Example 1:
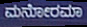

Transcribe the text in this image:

ಮನೋರಮಾ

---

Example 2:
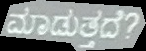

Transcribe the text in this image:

ಮಾಡುತ್ತದೆ?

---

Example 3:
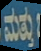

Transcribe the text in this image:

ಮತ್ತು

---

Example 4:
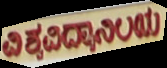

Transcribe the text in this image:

ವಿಶ್ವವಿದ್ಯಾನಿಲಯ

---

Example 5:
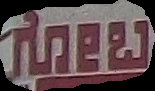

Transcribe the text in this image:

ಗೋಬ